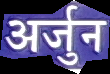
अर्जुन